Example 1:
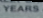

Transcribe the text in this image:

YEARS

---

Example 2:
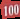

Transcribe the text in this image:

100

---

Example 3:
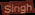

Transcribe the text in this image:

Singh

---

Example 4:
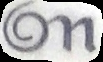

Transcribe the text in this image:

On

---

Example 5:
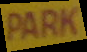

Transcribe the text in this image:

PARK